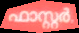
ഫാസ്റ്റർ